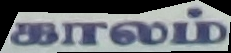
காலம்